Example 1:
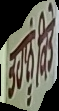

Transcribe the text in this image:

ਤਹਾਨੂੰ ਕਿਤੇ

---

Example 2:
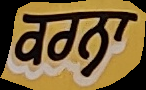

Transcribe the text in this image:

ਕਰਨਾ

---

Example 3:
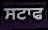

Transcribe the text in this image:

ਸਟਾਫ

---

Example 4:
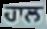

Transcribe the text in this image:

ਹਾਲ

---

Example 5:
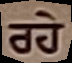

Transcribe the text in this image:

ਰਹੇ